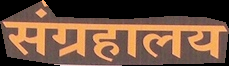
संग्रहालय